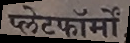
प्लेटफॉर्मों